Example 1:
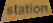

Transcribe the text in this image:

station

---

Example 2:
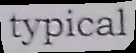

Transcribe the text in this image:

typical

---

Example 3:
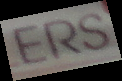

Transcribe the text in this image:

ERS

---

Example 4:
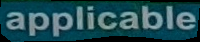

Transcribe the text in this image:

applicable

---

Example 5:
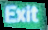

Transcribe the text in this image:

Exit